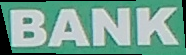
BANK